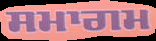
ਸਮਾਗਮ